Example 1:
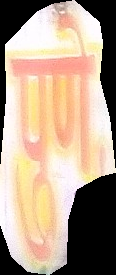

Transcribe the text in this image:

पुणे ,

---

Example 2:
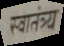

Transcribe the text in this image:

स्वातंत्र्य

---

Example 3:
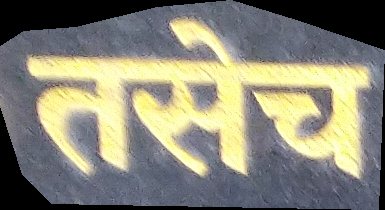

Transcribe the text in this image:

तसेच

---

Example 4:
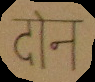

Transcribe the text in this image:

दोन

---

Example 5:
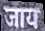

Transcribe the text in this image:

जाय